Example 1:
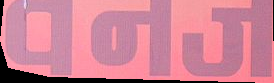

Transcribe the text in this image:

वनज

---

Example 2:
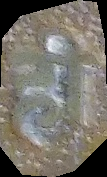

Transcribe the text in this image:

ही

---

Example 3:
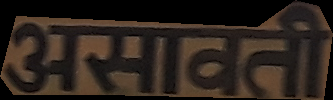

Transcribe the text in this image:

असावती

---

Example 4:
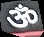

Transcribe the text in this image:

ॐ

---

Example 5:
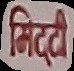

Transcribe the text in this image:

मिट्टी